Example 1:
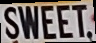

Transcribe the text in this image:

SWEET,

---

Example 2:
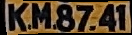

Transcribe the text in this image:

K.M.87.41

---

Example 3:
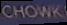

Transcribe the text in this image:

CHOWK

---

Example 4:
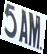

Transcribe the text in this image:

5AM.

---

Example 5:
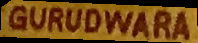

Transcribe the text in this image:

GURUDWARA